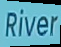
River